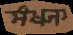
ਸੰਖਯਾ